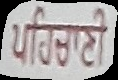
ਪਹਿਚਾਣੀ